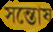
সন্তোষ